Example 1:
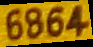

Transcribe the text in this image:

6864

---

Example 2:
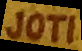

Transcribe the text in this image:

JOTI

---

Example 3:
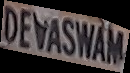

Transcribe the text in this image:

DEVASWAM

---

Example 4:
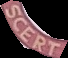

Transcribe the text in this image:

SCERT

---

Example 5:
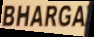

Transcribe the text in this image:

BHARGA